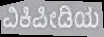
ವಿಕಿಪೀಡಿಯ